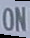
ON